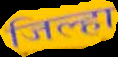
जिल्हा